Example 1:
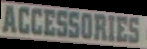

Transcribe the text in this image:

ACCESSORIES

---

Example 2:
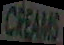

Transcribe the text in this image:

CREAMS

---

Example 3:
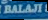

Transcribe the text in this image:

BALAJI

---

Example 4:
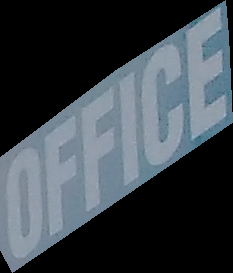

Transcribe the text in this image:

OFFICE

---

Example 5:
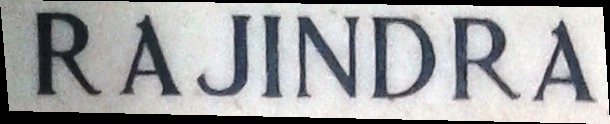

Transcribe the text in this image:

RAJINDRA